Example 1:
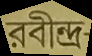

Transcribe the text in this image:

রবীন্দ্র-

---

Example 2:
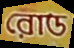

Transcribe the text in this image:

রোড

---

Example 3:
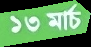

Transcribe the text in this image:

১৩মার্চ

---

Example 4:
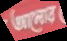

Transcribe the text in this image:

আলোর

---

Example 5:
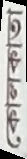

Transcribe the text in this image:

কোলকাতা